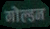
गोल्डन